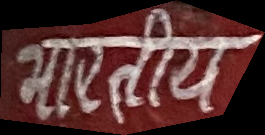
भारतीय